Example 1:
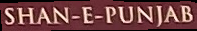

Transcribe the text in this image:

SHAN-E-PUNJAB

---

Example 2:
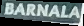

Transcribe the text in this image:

BARNALA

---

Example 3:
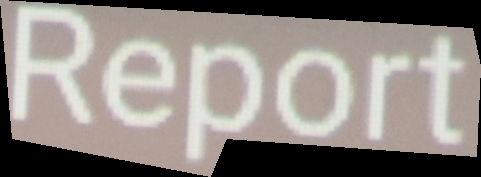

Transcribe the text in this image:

Report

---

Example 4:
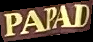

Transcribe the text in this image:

PAPAD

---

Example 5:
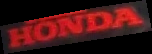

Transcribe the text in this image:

HONDA